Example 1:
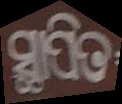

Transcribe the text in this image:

ସ୍ଥାପନ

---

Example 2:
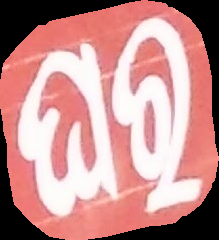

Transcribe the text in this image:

ଘର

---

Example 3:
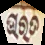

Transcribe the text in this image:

ଭରତ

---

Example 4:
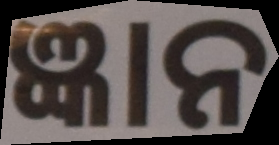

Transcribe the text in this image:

ଜ୍ଞାନ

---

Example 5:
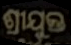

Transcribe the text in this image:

ଶ୍ରୀଯୁକ୍ତ